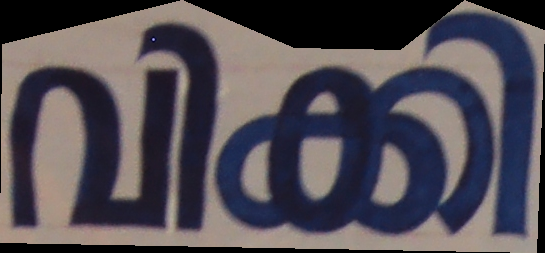
വിക്കി